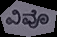
ಎವೊ